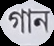
গান